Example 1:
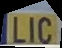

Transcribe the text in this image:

LIC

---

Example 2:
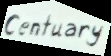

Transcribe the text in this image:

Centuary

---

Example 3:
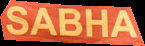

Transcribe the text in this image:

SABHA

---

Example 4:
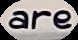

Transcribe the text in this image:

are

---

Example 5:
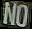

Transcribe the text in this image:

NO